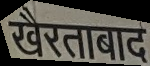
खैरताबाद